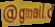
@gmail.c